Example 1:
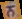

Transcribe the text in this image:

ਨੇ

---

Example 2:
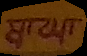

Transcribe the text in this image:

ਬਾਘਾ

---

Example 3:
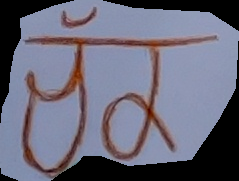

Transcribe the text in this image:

ਚੱਕ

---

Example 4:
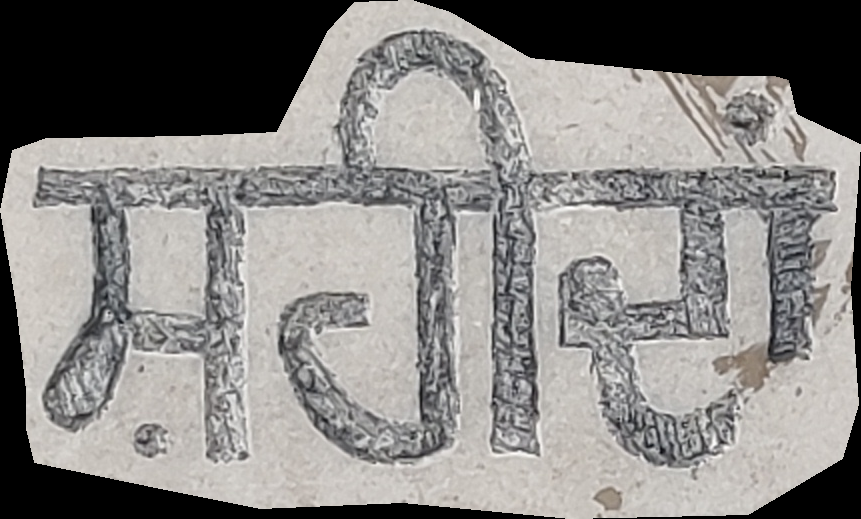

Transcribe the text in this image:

ਸ਼ਹੀਦਾਂ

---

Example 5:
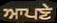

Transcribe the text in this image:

ਆਪਣੇ